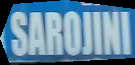
SAROJINI